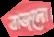
বাজানো